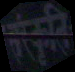
संस्कृति